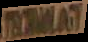
TECHNOLOGY